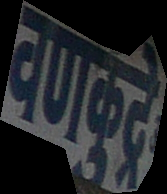
वणकुद्रे